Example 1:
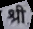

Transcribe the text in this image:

श्री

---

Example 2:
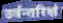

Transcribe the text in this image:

अन्तरिक्ष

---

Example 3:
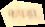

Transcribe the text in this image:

कपड़ा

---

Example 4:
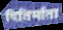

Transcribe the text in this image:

दितिर्माता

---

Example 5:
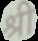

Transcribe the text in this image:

श्री